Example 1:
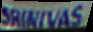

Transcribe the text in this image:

SRINIVAS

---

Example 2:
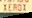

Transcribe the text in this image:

XEROX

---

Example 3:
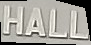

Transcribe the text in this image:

HALL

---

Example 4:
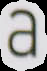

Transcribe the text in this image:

a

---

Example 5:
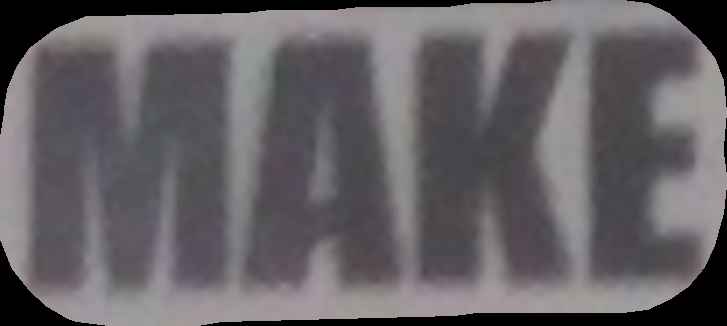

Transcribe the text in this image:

MAKE